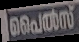
പൈൽസ്